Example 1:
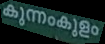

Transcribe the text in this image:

കുന്നംകുളം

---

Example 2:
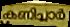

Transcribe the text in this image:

കണിച്ചാർ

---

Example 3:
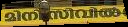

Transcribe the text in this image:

മിനിസിവിൽ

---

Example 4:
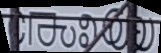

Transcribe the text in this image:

ആഘോ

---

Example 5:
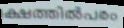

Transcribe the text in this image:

ക്ഷത്തിൽപരം